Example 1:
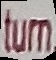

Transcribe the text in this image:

turn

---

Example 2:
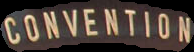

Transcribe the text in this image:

CONVENTION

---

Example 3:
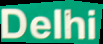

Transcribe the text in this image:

Delhi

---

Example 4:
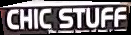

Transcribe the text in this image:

CHICSTUFF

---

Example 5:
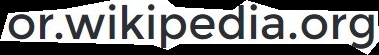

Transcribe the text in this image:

or.wikipedia.org